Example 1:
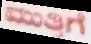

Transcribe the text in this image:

ಮುತ್ರಗ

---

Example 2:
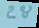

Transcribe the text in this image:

೭೪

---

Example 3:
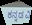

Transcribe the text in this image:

ಕನ್ನಡವಿ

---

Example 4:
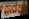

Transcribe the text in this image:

ಪ್ರಾಡಕ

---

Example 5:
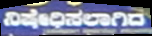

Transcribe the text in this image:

ನಿಷಅಧಿಸಲಾಗಿದ